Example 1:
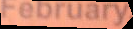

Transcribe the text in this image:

February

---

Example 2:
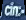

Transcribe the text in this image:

cin:-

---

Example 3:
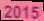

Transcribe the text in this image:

2015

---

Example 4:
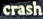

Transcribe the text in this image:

crash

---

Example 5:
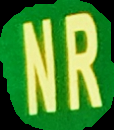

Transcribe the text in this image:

NR